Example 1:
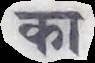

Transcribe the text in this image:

का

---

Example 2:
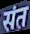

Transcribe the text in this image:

संत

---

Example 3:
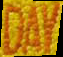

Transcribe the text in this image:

०३४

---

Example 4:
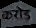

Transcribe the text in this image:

करोड़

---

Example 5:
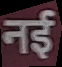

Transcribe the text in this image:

नई